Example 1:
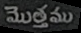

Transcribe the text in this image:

మొత్తమ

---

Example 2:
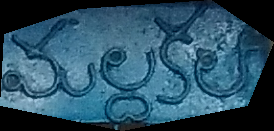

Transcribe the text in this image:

మల్లకల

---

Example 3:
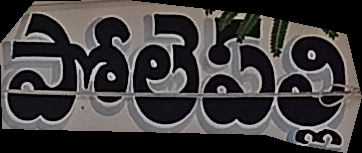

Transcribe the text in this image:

పోలెపల్లి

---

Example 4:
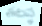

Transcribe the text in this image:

తటస్థ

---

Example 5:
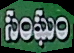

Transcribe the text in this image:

సంఘం